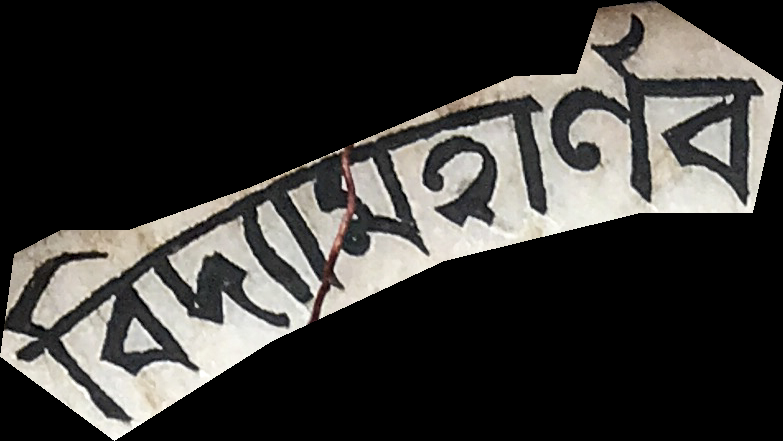
বিদ্যামহার্ণব